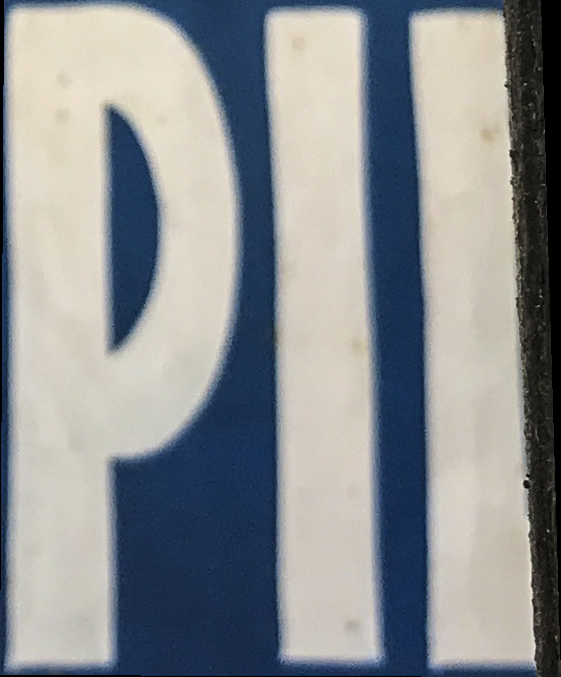
PII